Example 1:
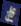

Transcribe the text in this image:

कि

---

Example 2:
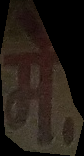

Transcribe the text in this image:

मे.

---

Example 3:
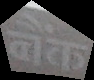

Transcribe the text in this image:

बैंक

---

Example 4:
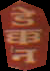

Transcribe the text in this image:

डेक्कन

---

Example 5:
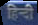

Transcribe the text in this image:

हिन्दी